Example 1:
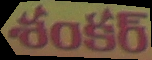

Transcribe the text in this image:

శంకర్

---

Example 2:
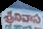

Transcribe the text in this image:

శ్రనివాస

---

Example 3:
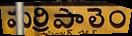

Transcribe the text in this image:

మర్రిపాలెం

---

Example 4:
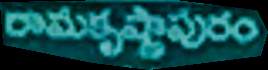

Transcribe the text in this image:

రామకృష్ణాపురం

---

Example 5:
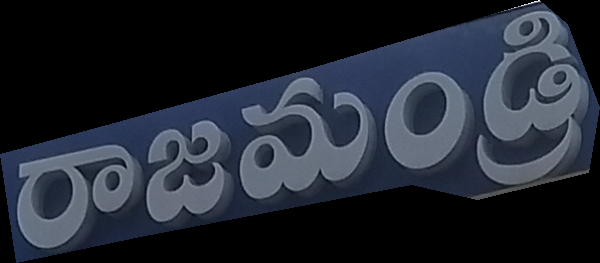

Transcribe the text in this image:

రాజమండ్రి